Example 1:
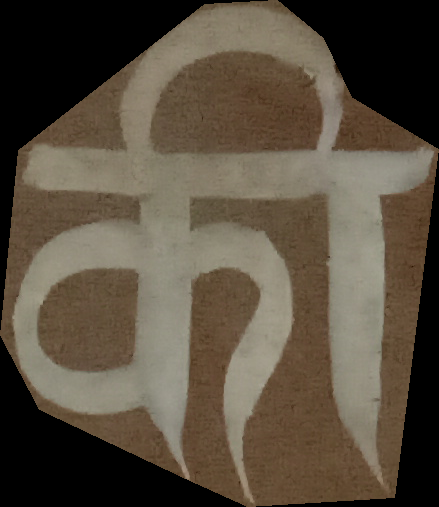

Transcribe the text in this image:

क‍ी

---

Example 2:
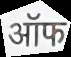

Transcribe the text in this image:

ऑफ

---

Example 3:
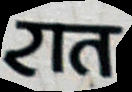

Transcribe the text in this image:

रात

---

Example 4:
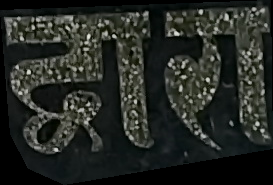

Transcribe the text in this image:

द्वारा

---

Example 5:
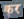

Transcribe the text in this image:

कर